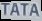
7474